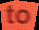
to